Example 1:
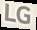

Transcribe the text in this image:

LG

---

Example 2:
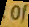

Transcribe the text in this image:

of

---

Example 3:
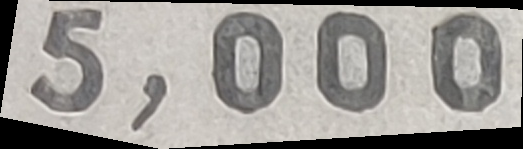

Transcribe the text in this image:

5,000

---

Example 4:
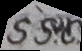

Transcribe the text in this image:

SS.C.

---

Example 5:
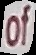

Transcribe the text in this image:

of